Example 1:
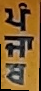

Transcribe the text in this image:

ਪੰਜਾਬ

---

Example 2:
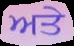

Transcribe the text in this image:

ਅਤੇ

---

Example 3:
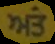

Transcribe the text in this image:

ਅਤੇ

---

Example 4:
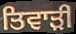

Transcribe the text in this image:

ਤਿਵਾੜੀ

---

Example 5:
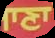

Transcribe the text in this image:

ਣਾ